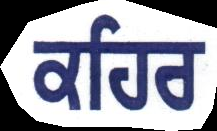
ਕਹਿਰ